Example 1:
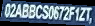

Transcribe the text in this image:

02ABBCS0672F1ZT,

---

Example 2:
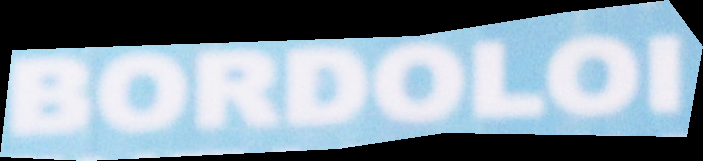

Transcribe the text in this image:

BORDOLOI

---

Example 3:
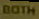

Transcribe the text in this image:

BOTH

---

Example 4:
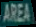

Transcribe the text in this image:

AREA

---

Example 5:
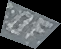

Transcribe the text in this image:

OF